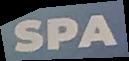
SPA